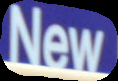
New